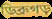
ডিব্ৰুগড়